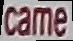
came